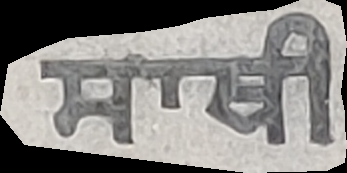
ਸਾਥੀ